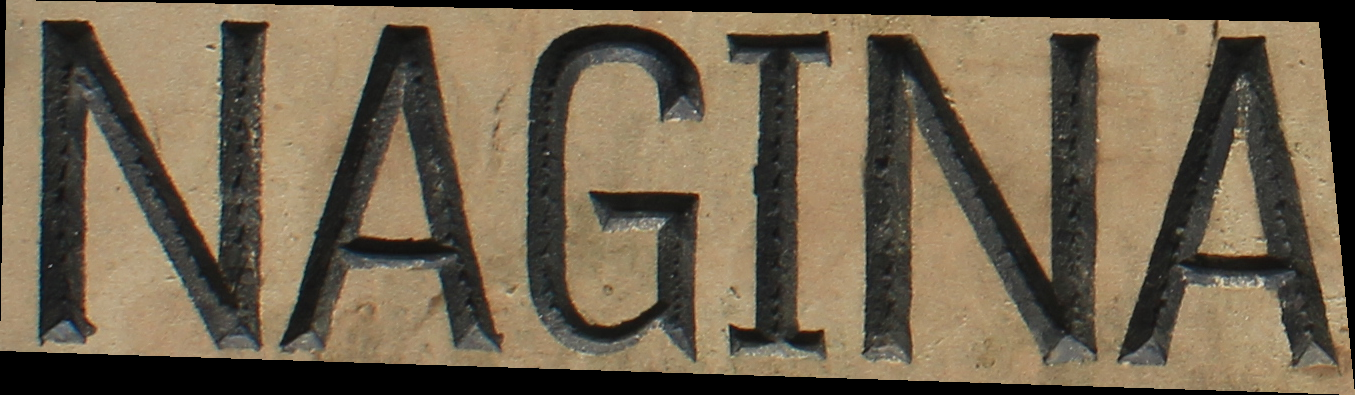
NAGINA